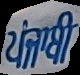
ਪੰਜਾਬੀ